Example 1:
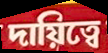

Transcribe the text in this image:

দায়িত্বে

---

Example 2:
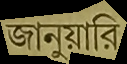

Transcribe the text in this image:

জানুয়ারি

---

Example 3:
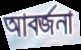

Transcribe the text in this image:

আবর্জনা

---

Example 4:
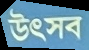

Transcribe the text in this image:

উৎসব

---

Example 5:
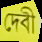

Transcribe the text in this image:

দেবী